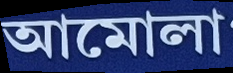
আমোলা